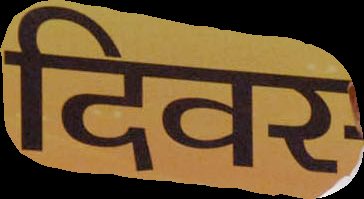
दिवस्